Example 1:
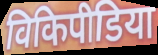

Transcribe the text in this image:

विकिपीडिया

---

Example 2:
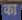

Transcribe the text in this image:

का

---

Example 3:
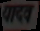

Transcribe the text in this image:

यादव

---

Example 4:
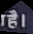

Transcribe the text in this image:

है।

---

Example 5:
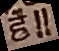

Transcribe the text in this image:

है ‍!!